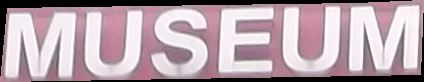
MUSEUM